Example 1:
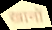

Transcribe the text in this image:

खानो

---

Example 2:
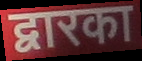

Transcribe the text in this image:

द्वारका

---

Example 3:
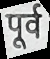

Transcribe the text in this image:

पूर्व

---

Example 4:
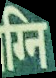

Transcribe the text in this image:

ग्नि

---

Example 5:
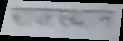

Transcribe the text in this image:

राजस्थान